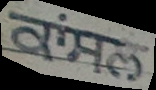
ਕਾਂਸਲ